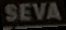
SEVA